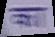
का